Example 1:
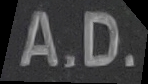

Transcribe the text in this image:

A.D.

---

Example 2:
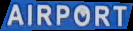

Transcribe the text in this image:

AIRPORT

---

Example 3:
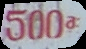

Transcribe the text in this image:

500 a:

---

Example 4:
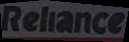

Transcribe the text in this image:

Reliance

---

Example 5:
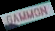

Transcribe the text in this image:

GAMMON